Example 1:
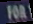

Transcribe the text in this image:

FOR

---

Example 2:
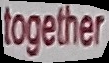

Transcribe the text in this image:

together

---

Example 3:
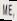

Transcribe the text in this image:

ME,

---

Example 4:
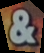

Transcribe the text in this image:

&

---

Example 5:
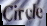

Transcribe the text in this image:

Circle